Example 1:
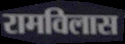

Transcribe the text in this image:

रामविलास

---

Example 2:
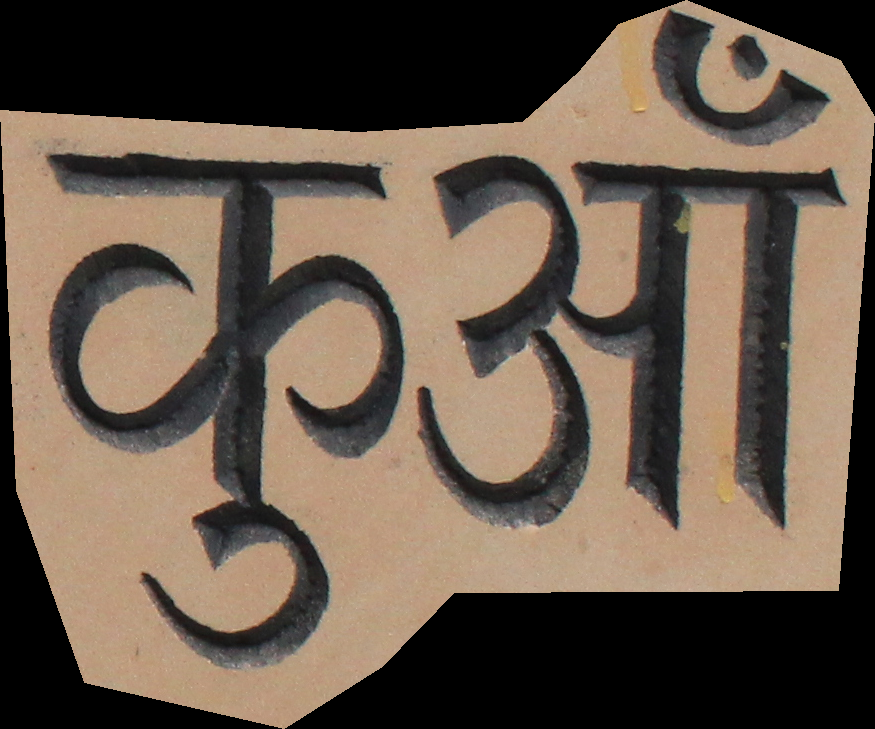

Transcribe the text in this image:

कुआँ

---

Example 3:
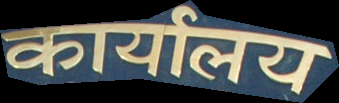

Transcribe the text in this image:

कार्यालय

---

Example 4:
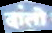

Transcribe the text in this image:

दांतो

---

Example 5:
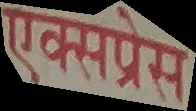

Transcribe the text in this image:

एक्सप्रेस